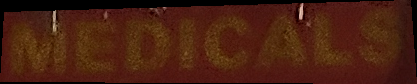
MEDICALS